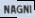
NAGNI